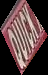
QUICK